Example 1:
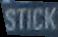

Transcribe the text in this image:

STICK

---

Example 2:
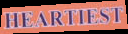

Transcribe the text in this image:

HEARTIEST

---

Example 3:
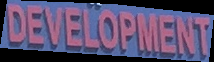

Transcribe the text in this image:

DEVELOPMENT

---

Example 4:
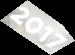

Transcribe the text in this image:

2017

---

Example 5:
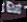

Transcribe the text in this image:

Est